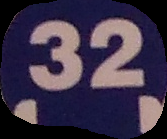
32